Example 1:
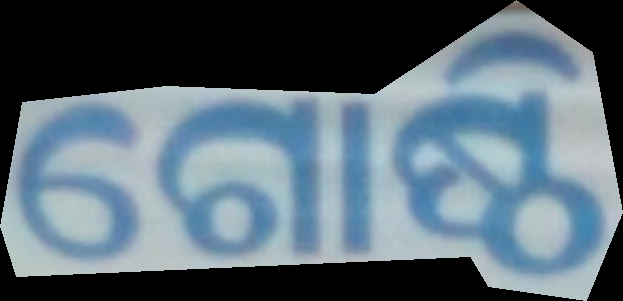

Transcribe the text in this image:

ଗୋଷ୍ଠି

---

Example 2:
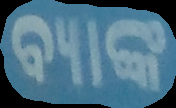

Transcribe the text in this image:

ବ୍ୟାଙ୍କ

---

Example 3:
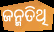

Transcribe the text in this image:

ଜନ୍ମତିଥ୍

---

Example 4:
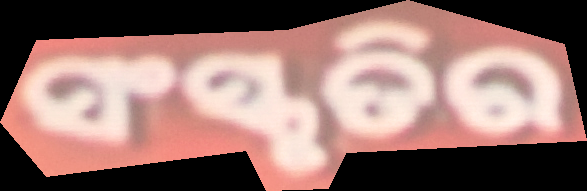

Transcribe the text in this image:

ସଂସ୍କୃତିର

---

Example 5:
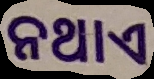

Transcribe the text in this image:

ନଥାଏ